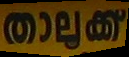
താലൂക്ക്